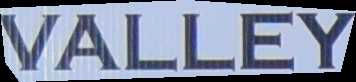
VALLEY